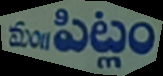
మం|| పిట్లం